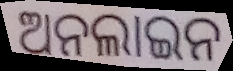
ଅନଲାଇନ